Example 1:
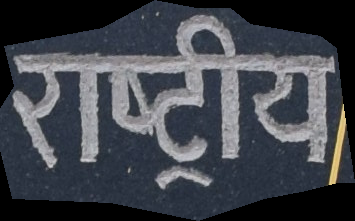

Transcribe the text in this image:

राष्ट्रीय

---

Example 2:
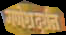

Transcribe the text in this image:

गणेशदर्शन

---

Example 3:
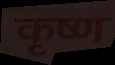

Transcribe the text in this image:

कृष्ण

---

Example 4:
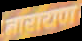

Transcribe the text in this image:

नारायण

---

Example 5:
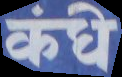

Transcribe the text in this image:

कंधे